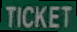
TICKET